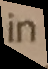
in